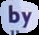
by